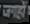
जगहों